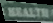
HEALTH